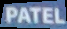
PATEL